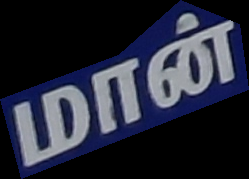
மான்